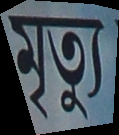
মৃত্যু